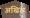
अखिल